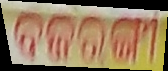
ବଜରଙ୍ଗୀ